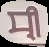
ਸ੍ਰੀ